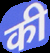
क‍ी